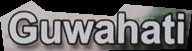
Guwahati